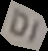
DI